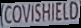
COVISHIELD